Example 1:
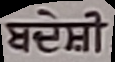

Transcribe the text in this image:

ਬਦੇਸ਼ੀ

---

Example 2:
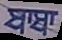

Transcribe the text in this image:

ਬਾਬਾ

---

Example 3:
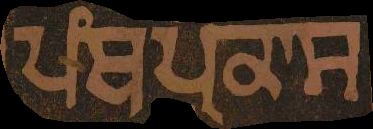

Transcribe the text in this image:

ਪੰਥਪਕਸ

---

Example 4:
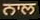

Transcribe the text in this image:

ਨਾਲ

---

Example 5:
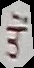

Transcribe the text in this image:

ਤੋਂ